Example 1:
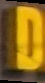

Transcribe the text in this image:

D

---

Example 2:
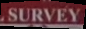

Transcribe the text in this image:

SURVEY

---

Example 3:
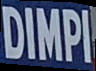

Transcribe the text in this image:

DIMPI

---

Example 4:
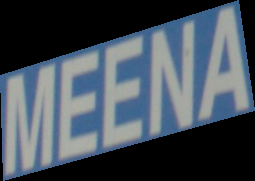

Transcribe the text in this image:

MEENA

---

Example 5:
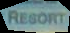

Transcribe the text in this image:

RESORT